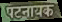
पटनायक